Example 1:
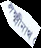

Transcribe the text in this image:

লক্ষ্মীনাথ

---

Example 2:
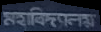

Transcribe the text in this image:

মহাবিদ্যালয়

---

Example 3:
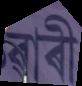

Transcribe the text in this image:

ৱাৰী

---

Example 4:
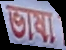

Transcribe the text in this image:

ভাষা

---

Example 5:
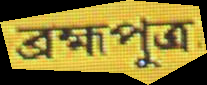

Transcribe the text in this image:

ব্রহ্মপুত্র